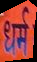
धर्म